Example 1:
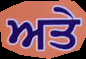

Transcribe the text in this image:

ਅਤੇ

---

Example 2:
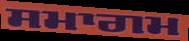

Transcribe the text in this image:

ਸਮਾਗਮ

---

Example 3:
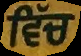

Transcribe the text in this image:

ਵਿੱਚ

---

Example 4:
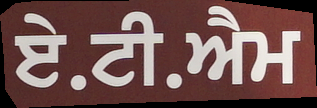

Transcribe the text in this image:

ਏ.ਟੀ.ਐਮ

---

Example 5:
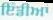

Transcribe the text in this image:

ਇੰਡੀਆਂ